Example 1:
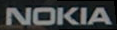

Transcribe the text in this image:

NOKIA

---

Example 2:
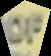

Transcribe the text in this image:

OF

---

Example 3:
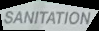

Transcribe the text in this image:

SANITATION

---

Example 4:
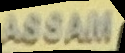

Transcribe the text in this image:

ASSAM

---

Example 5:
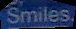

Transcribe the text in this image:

Smiles